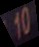
10